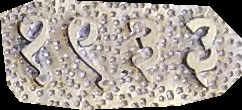
१९३३